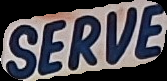
SERVE